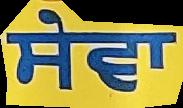
ਸੇਵਾ